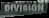
DIVISION